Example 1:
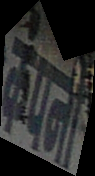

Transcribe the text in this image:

कंपनी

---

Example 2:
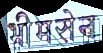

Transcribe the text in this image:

भीमसेन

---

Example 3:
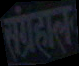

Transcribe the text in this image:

संग्रहाल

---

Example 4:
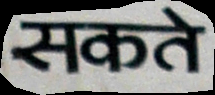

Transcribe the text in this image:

सकते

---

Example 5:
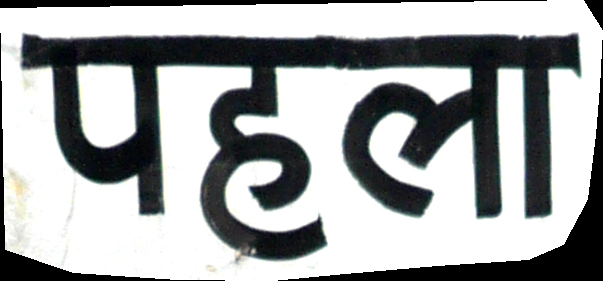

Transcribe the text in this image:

पहला